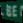
BE